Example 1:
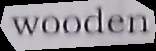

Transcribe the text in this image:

wooden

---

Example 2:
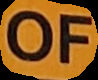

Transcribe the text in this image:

OF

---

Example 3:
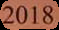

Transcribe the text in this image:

2018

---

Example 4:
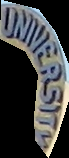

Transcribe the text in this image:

UNIVERSITY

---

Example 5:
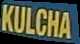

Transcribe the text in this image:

KULCHA